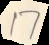
17